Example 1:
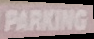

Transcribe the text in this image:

PARKING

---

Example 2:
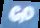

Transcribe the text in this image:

GO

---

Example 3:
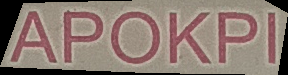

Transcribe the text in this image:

APOKPI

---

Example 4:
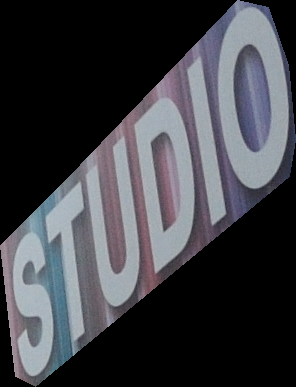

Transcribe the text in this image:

STUDIO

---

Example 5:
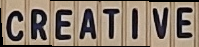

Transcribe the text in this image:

CREATIVE